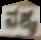
ವಷ್ಯ